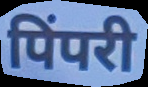
पिंपरी